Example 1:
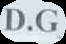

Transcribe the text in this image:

D.G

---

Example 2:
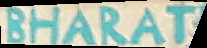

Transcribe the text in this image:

BHARAT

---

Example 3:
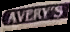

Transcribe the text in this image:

AVERY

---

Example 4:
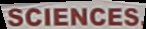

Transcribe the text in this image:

SCIENCES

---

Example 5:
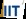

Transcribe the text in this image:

IIT